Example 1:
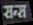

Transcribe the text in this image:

सन्स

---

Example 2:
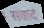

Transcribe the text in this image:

संवाद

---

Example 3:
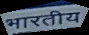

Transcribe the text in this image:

भारतीय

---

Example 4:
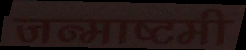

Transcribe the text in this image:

जन्माष्टमी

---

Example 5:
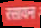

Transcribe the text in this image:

रसायन